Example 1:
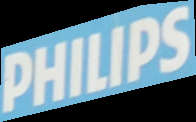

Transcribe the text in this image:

PHILIPS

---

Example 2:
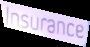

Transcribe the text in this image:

Insurance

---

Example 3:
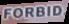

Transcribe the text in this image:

FORBID.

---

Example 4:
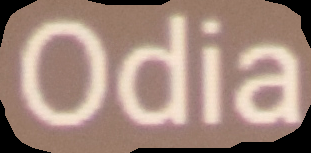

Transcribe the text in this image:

Odia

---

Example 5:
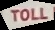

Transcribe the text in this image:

TOLL